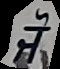
ਜੋ